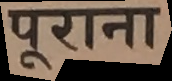
पूराना